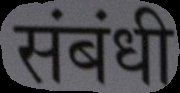
संबंधी